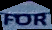
FOR